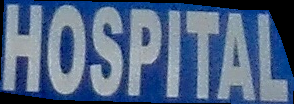
HOSPITAL